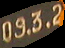
09.3.2